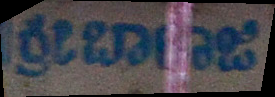
ಶ್ರೀ ಬಾರಾಜ